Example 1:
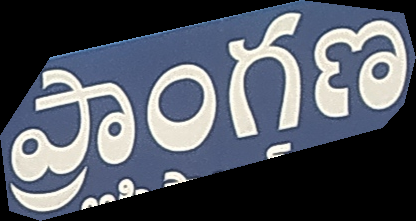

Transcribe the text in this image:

ప్రాంగణ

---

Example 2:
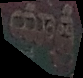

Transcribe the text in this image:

యాత్ర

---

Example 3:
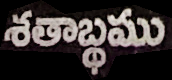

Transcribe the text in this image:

శతాబ్థము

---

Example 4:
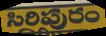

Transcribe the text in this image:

సిరిపురం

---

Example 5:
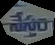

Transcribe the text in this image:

నేస్తల